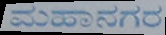
ಮಹಾನಗರ